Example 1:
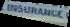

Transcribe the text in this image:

INSURANCE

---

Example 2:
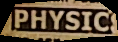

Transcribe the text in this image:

PHYSIC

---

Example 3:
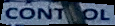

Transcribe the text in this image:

CONTOL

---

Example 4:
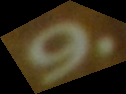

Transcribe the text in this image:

9.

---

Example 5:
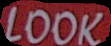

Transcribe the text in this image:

LOOK